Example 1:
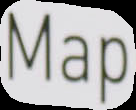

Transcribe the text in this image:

Map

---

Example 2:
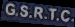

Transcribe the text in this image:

G.S.R.T.C.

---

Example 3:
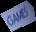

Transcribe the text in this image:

GAME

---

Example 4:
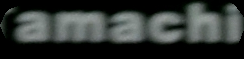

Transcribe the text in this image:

amachi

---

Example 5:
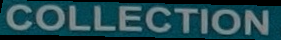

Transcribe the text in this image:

COLLECTION